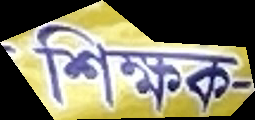
শিক্ষক